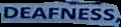
DEAFNESS,